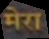
मेरा